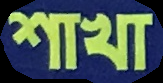
শাখা